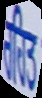
ਰਹਿਝ